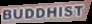
BUDDHIST